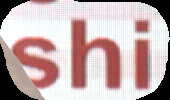
shi